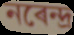
নৰেন্দ্ৰ